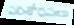
పరిశోధనలు